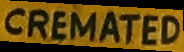
CREMATED